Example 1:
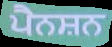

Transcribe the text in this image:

ਪੈਨਸ਼ਨ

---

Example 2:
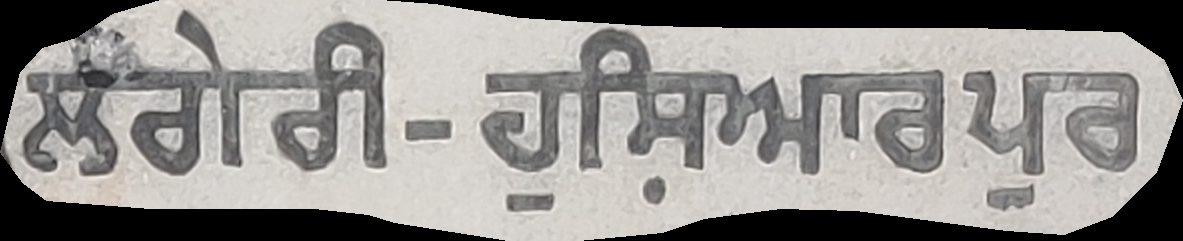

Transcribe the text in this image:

ਲੰਗੇਰੀ- ਹੁਸ਼ਿਆਰਪੁਰ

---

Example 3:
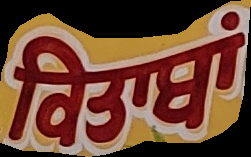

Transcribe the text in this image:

ਕਿਤਾਬਾਂ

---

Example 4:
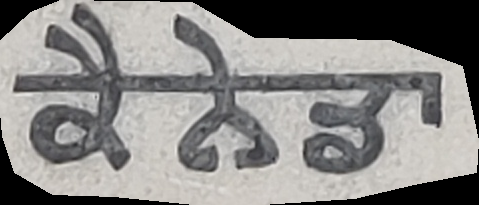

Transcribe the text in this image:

ਕੈਨੇਡਾ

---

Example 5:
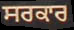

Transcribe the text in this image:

ਸਰਕਾਰ